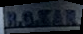
B.G.KAR